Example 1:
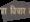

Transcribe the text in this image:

विचार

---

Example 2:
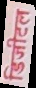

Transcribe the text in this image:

डिजीटल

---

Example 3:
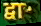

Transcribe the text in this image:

द्वा.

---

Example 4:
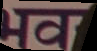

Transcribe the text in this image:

भव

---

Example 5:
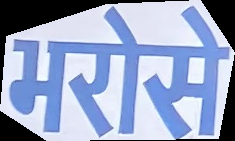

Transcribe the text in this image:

भरोसे